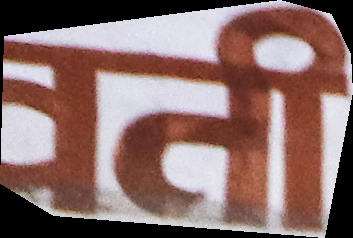
वती